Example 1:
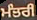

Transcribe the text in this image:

ਮੰਤਰੀ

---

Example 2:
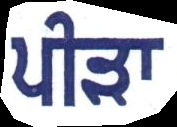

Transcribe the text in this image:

ਪੀੜਾ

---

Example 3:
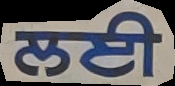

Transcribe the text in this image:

ਲਈ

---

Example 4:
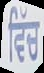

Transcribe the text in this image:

ਵਿੱਚ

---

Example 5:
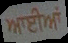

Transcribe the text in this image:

ਆਈਆਂ